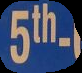
5th-